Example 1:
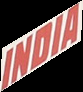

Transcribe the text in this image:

INDIA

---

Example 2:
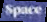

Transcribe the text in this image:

Space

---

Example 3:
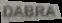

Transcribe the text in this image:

DABRA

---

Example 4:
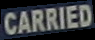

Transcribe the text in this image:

CARRIED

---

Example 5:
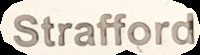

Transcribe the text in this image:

Strafford